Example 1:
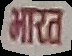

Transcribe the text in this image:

भारत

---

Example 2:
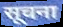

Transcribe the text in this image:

सूचना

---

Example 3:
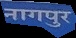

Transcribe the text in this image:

नागपुर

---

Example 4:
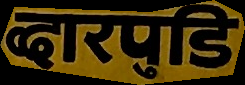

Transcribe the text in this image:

द्वारपुडि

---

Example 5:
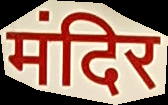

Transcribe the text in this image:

मंदिर